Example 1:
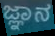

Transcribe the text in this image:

ಜ್ಞಾನ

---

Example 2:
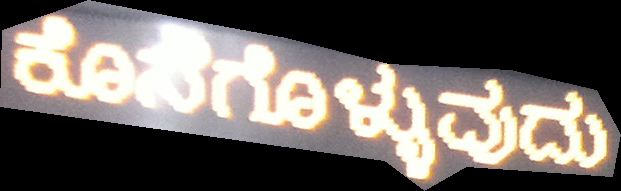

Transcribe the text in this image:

ಕೊಸಗೊಳ್ಳುಮದು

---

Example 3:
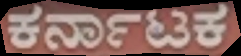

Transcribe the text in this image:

ಕರ್ನಾಟಕ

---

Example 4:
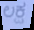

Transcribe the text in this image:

ಲಕ್ಷ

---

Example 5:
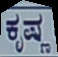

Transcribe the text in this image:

ಕೃಷ್ಣ